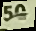
5G